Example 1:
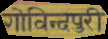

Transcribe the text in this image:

गोविन्दपुरी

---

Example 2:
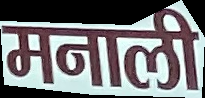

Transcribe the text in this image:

मनाली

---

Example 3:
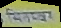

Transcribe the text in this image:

सितम्बर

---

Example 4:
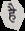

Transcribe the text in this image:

हैे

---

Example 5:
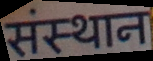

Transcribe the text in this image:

संस्थान